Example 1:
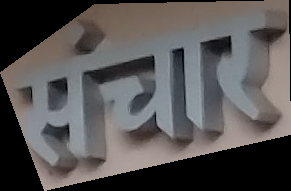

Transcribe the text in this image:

संचार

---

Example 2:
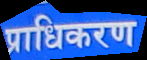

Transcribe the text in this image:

प्राधिकरण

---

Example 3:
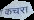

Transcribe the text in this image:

कचरा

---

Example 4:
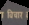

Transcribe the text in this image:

विचार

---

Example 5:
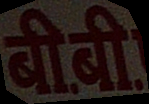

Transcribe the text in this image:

बी.बी.